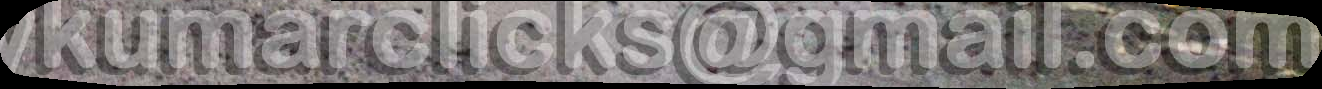
kumarclicks@gmail.com